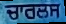
ਚਾਰਲਸ